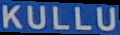
KULLU